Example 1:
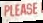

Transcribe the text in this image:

PLEASE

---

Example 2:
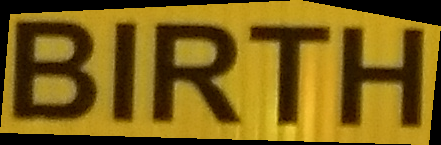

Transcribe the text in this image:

BIRTH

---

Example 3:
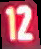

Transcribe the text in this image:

12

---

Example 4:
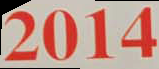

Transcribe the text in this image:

2014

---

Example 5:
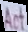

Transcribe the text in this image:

Act.